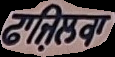
ਫਾਜ਼ਿਲਕਾ